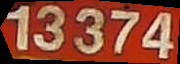
13374